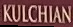
KULCHIAN